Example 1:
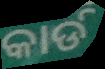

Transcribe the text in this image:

କାର୍ଡ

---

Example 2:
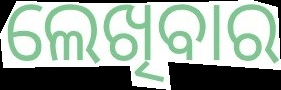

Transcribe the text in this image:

ଲେଖୁବାର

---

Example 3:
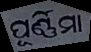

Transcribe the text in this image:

ପୂର୍ଣ୍ଣିମା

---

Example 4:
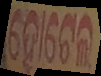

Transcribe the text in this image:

ହୋଟେଲ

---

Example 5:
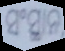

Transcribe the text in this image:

ସଂସ୍ଥାନ,